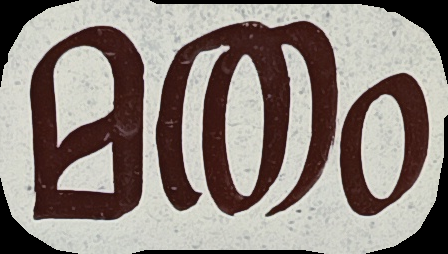
മതം